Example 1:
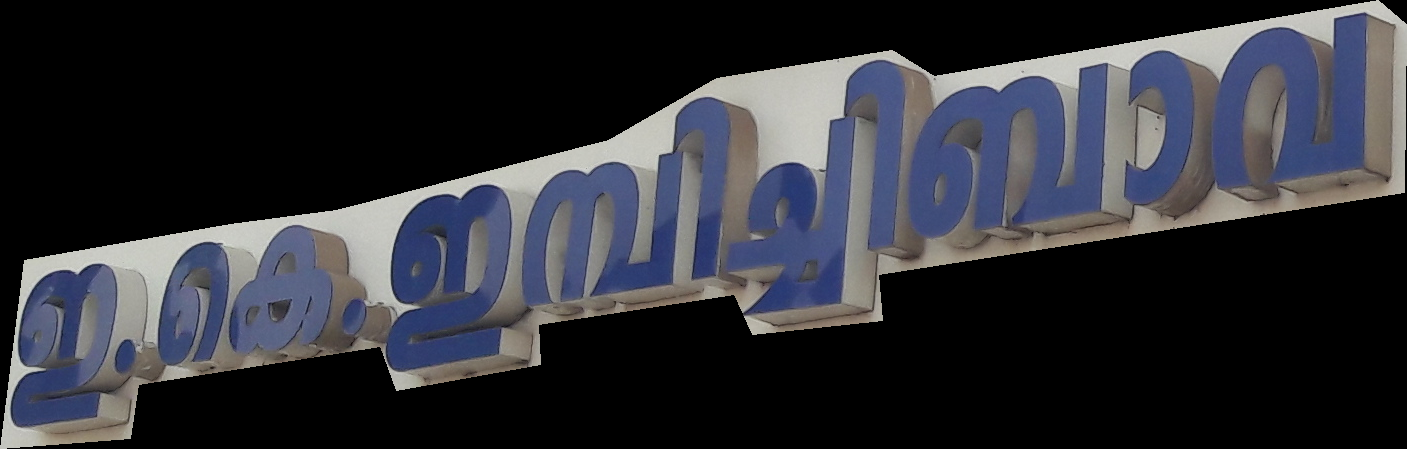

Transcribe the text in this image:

ഇ.കെ.ഇമ്പിച്ചിബാവ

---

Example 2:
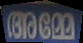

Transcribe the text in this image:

അമ്മേ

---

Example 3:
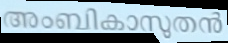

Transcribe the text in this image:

അംബികാസൂതൻ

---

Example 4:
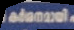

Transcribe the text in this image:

കർശനരായി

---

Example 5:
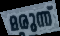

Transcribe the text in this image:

മരുന്ന്